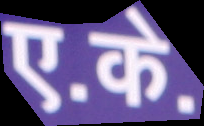
ए॰के॰